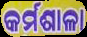
କର୍ମଶାଳା